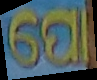
ପୋ